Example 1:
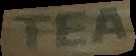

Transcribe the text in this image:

TEA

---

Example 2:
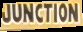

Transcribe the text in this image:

JUNCTION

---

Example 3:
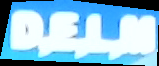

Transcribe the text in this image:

DELM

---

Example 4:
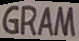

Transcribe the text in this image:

GRAM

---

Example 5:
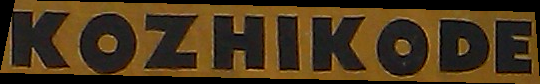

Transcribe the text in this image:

KOZHIKODE